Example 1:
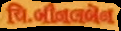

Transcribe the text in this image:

યિ.બીનલબેન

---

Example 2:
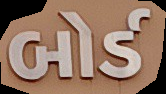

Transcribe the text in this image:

બોર્ડ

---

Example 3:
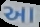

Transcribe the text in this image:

આ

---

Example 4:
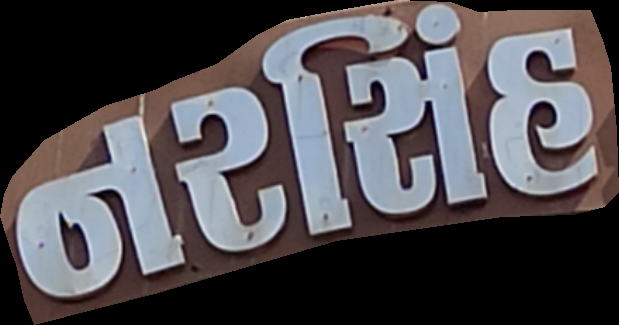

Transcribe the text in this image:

નરસિંહ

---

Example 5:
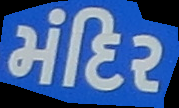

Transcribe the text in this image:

મંદિર